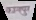
कानपुर